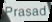
Prasad